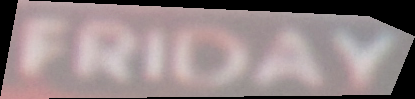
FRIDAY